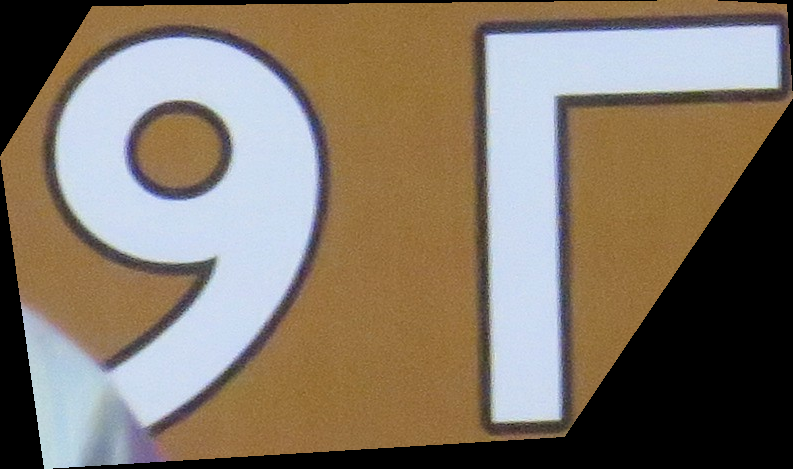
୨୮